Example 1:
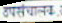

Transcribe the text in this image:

उपसंचालक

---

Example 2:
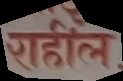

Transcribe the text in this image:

राहील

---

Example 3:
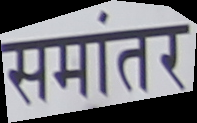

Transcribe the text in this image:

समांतर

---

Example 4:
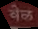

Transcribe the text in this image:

वेळ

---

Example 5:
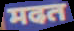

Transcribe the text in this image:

मदत